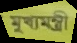
মুখ্যমন্ত্রী